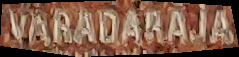
VARADARAJA